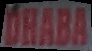
DHABA